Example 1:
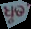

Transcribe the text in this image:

ଧୃତ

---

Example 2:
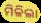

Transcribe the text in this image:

ମିଳିଲା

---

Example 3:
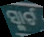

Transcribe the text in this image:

ସ୍ମାର୍ଟ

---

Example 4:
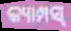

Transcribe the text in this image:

କ୍ୟାମ୍ପସ୍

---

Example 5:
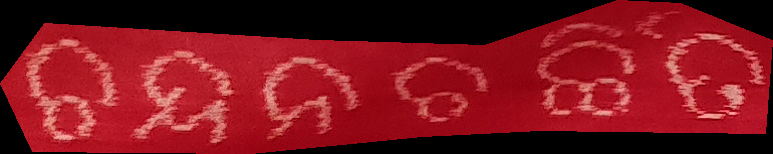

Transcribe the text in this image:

ଚନ୍ଦନ ଚର୍ଚ୍ଚିତ